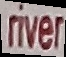
river